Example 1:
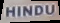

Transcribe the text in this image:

HINDU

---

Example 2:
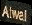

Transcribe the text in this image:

Alwal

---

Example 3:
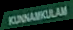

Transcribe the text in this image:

KUNNAMKULAM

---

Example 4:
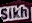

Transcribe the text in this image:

Sikh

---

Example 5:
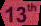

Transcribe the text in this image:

13th